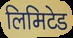
लिमिटेड